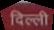
दिल्ली